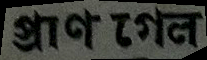
প্রাণ গেল